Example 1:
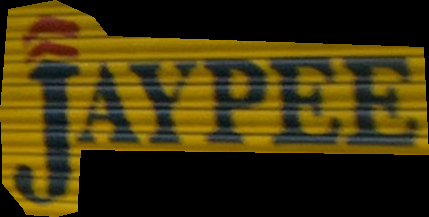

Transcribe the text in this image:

JAYPEE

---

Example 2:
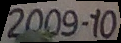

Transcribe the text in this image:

2009-10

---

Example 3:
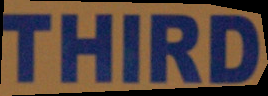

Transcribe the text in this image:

THIRD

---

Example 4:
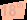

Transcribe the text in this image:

18th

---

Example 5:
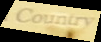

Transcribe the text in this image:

Country